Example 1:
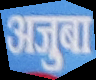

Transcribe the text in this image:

अजुबा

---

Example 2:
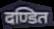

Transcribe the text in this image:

दण्डित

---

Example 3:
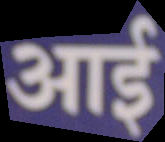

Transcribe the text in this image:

आई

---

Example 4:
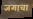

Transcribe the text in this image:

जगाचा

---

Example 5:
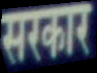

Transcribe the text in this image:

सरकार